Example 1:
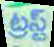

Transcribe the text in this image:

ట్రస్ట్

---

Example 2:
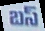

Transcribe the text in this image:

బస్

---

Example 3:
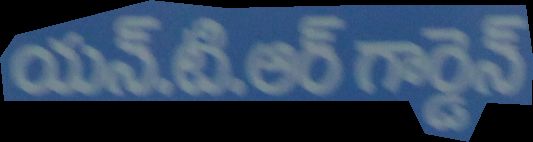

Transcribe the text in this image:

యన్.టి.ఆర్ గార్డెన్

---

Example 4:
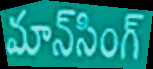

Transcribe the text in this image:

మాన్సింగ్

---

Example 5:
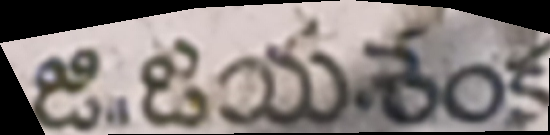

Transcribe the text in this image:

జి. జయశంక